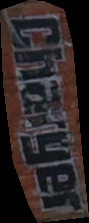
Charger